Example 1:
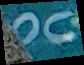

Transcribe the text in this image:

PC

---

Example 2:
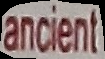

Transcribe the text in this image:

ancient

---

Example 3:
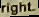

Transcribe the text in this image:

right.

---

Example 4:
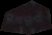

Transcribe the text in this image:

Regd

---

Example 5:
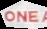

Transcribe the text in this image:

ONEA